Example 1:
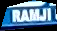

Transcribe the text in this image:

RAMJI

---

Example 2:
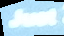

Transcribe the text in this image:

Just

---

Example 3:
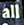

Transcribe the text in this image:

all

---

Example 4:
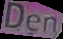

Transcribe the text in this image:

Den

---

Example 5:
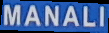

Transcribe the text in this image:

MANALI